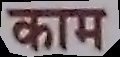
काम